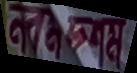
নবম-দশম